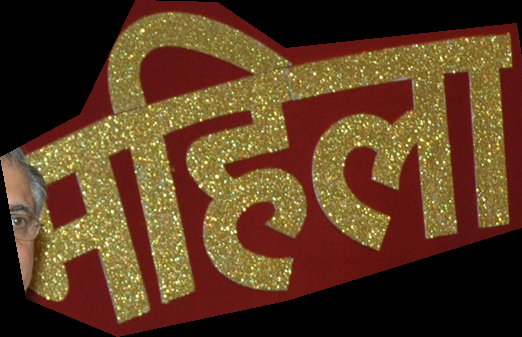
महिला